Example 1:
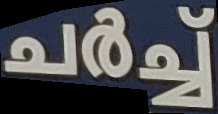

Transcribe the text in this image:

ചർച്ച്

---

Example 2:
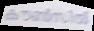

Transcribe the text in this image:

കൗൺസിൽ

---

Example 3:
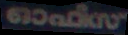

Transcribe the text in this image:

ഓഫിസ്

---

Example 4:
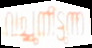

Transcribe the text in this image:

വച്ചുനിട്ടുന്ന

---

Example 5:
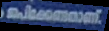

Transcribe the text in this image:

ജപിക്കേണ്ടതാണ്